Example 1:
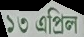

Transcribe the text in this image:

১৩এপ্রিল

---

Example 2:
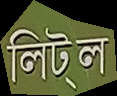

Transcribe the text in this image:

লিট্ল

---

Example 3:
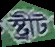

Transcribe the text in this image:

স্ট্রীট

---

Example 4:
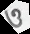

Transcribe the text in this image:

ও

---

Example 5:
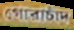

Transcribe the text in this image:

গোরাচাঁদ